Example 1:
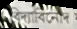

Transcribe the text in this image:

বিদ্যাবিনোদ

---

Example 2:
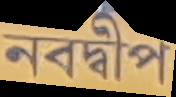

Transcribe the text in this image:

নবদ্বীপ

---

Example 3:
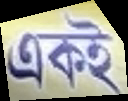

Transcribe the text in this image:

একই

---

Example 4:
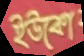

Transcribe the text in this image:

ইউকো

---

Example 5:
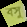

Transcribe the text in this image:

বসু